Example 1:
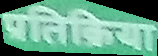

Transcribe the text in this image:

प्रतिक्रिया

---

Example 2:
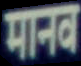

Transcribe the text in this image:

मानव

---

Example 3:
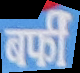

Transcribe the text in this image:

बर्फी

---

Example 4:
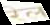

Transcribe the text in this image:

रेलं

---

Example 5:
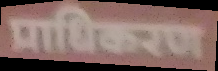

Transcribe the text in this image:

प्राधिकरण